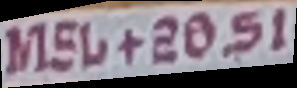
MSL+20.51